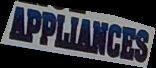
APPLIANCES